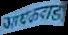
गायकवाड